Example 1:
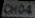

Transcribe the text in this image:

CH04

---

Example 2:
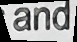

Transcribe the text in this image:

and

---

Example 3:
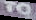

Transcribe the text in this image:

TO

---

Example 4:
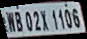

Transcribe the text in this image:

WB02X1106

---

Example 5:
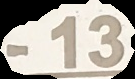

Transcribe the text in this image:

-13